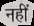
नहीं